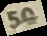
5G